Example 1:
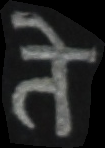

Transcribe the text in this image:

ते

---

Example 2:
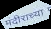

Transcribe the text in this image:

मंदीराच्या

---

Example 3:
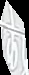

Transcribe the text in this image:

के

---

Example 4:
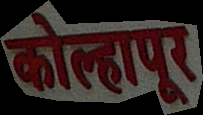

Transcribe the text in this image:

कोल्हापूर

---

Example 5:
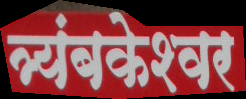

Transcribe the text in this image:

त्र्यंबकेश्वर